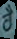
ਰੈ